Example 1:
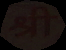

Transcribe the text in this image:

श्री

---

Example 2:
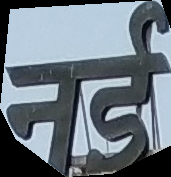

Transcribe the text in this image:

नई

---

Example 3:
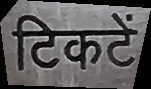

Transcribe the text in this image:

टिकटें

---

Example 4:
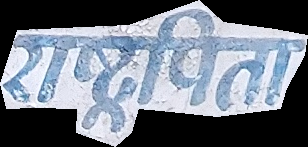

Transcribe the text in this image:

राष्ट्रपिता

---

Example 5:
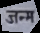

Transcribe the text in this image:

जन्म